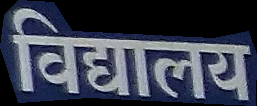
विद्यालय